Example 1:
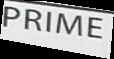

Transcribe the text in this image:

PRIME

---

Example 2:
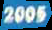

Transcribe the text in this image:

2005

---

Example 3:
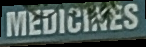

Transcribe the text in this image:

MEDICINES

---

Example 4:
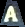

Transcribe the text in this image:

A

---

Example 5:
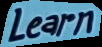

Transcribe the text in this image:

Learn